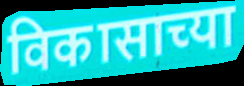
विकासाच्या